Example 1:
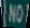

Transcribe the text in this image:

NO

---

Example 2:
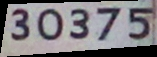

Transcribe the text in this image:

30375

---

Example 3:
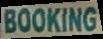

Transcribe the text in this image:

BOOKING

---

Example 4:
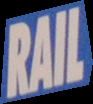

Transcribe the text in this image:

RAIL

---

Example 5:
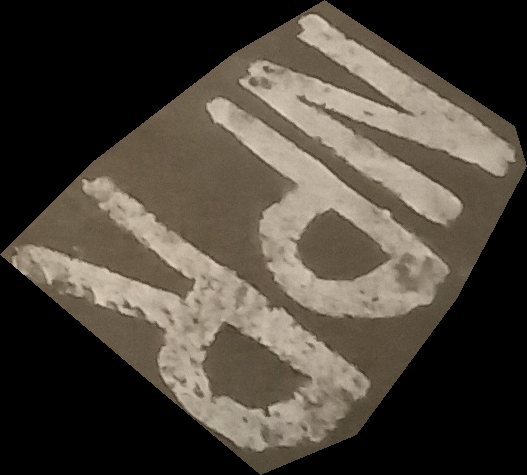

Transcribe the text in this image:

NPR